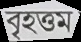
বৃহত্তম